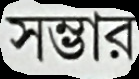
সম্ভার